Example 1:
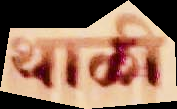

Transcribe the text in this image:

थाळी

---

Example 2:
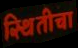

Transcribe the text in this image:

स्थितीचा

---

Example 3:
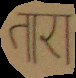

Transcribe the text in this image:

तारा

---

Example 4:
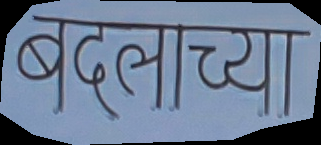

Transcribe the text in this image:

बदलाच्या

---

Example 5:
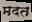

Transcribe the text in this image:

मदत